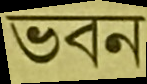
ভবন